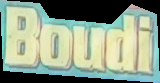
Boudi